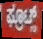
ಫ್ರೂಟ್ಸ್